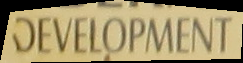
DEVELOPMENT